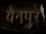
येनपुर